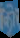
को